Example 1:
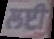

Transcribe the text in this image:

ਲਈ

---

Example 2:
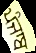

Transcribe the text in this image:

ਪੰਜਾਬ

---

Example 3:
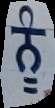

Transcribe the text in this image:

ਨੂੰ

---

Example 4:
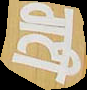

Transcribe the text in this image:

ਗਈ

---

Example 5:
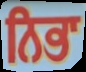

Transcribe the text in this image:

ਨਿਭਾ